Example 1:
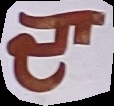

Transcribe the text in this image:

ਦਾ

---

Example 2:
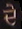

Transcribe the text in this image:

ਦੇ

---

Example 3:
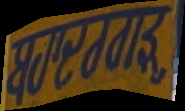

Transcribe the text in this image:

ਬਹਾਦਰਗੜ੍ਹ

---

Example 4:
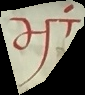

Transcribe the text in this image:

ਮਾਂ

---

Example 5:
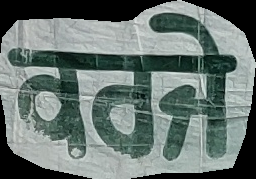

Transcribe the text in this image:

ਕਰਜੇ